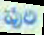
పుర